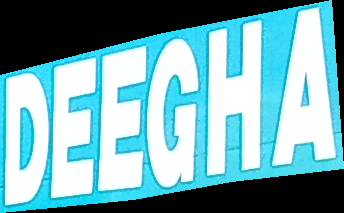
DEEGHA